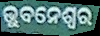
ଭୁବନେଶ୍ବର